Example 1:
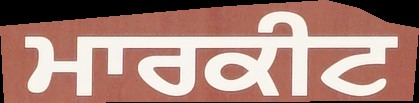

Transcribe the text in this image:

ਮਾਰਕੀਟ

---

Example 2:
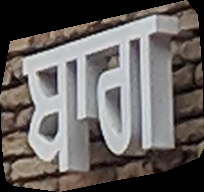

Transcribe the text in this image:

ਬਾਗ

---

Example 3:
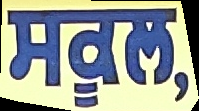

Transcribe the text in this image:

ਸਕੂਲ,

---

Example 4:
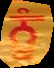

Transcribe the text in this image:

ਨੂੰ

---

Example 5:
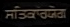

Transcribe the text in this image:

ਸਤਿਕਾਰਯੋਗ